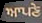
ਆਪਣੇ